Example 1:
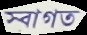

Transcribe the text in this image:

স্বাগত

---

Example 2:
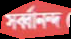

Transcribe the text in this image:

সৰ্ব্বানন্দ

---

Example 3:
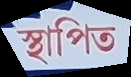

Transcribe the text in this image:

স্থাপিত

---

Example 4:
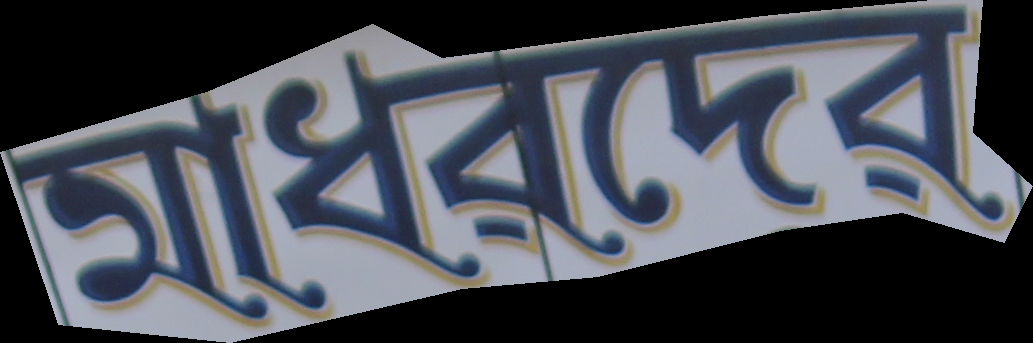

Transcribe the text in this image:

আধরদের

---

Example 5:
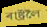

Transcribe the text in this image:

ৰাষ্ট্ৰলৈ